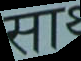
साथ